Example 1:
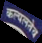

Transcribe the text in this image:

कल्पलतेय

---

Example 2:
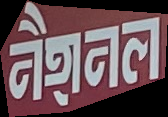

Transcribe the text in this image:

नैशनल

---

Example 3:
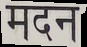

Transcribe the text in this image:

मदन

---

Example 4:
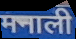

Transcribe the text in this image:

मनाली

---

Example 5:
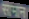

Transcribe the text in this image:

सामान